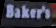
Baker